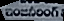
ఇంజనీ౦౦గ్